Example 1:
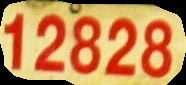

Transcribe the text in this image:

12828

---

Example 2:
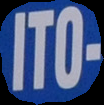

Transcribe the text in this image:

ITO-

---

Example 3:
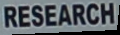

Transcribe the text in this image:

RESEARCH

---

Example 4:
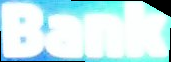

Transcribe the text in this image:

Bank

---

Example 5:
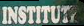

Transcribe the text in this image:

INSTITUTE